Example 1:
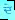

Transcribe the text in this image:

ਦੇ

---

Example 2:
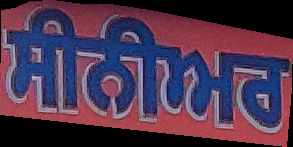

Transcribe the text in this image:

ਸੀਨੀਅਰ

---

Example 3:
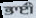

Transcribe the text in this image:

ਭਾਈ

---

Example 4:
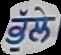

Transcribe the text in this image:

ਭੁੱਲੇ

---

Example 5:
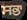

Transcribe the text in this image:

ਸਭਾ